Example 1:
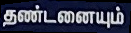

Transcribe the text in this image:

தண்டனையும்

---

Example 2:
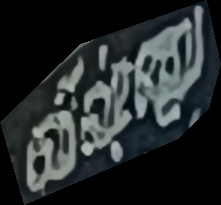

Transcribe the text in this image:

விஷ்ணு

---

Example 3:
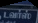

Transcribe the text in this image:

டவா்ஸ்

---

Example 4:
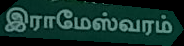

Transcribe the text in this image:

இராமேஸ்வரம்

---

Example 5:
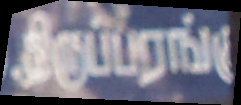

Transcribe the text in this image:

திருப்பரங்க